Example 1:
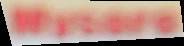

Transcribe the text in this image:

Mysore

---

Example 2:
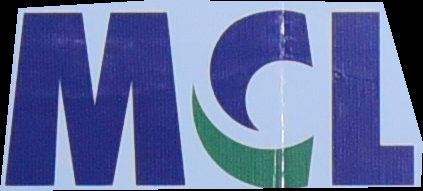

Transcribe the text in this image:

MCL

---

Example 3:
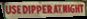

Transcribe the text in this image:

USEDIPPERATHIGHT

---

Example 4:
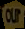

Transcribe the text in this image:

our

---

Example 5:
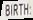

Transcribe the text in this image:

BIRTH: